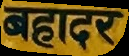
बहादर